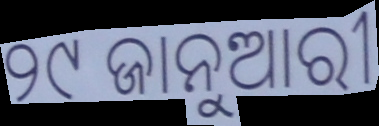
୨୯ ଜାନୁଆରୀ